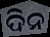
ଦିନ